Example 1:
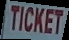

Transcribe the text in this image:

TICKET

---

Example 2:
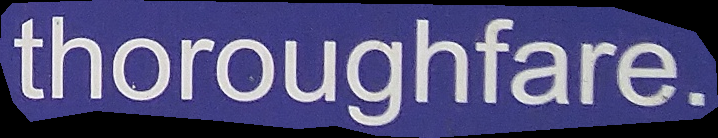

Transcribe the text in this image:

thoroughfare.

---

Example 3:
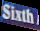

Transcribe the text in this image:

Sixth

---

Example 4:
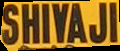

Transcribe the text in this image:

SHIVAJI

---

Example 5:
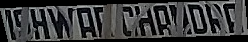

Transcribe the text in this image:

ISHWARCHANDRA